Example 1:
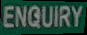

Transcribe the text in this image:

ENQUIRY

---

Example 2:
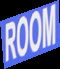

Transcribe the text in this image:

ROOM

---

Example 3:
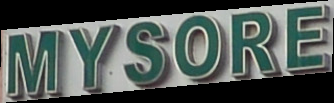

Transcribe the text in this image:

MYSORE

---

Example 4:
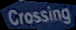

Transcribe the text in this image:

Crossing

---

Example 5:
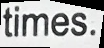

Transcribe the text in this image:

times.